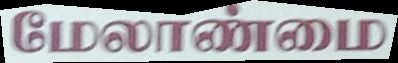
மேலாண்மை